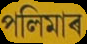
পলিমাৰ